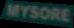
MYSORE